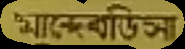
মান্দেৰডিসা